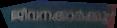
ജീവനക്കാരക്കും